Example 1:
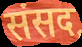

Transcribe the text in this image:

संसद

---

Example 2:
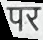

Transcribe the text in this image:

प‍र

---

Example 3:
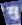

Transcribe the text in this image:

मु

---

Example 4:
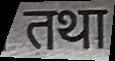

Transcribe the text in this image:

तथा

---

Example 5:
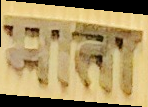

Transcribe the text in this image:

माता